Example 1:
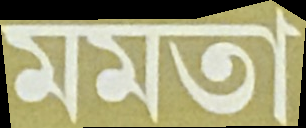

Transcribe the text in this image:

মমতা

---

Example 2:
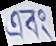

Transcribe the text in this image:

এবং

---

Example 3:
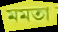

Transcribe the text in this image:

মমতা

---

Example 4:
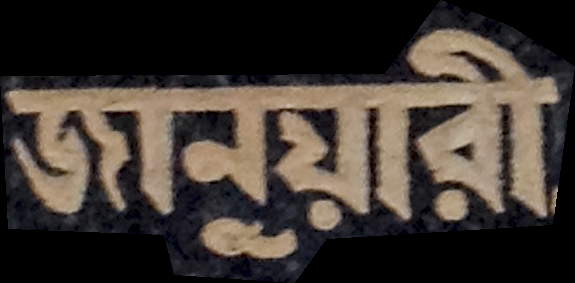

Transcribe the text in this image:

জানুয়ারী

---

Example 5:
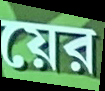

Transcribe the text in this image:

য়ের